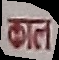
काल